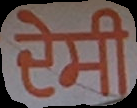
ਦੇਸੀ